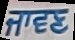
ਜਾਵਣ